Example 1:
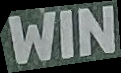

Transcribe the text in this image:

WIN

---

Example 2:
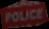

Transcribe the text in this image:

POLICE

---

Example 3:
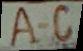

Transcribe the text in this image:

A-C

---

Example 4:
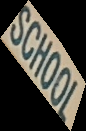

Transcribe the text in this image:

SCHOOL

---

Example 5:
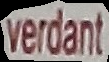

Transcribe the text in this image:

vedant